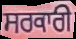
ਸਰਕਾਰੀ